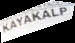
KAYAKALP